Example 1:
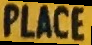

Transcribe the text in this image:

PLACE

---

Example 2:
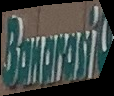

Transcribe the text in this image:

Banarasi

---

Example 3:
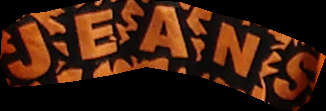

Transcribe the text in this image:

JEANS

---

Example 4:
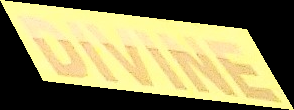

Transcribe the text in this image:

DIVINE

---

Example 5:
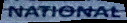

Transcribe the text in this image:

NATIONAL